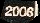
2006